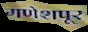
गणेशपूर